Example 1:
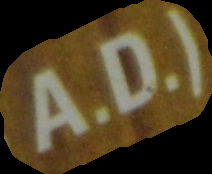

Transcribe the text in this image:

A.D.)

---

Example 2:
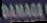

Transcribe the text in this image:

DAMAGE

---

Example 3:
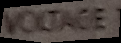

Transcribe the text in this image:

VOLTAGE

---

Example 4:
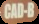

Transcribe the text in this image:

CAD-B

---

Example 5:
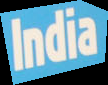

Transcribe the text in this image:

India